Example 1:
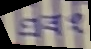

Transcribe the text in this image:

এবং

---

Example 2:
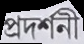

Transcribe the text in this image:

প্রদর্শনী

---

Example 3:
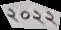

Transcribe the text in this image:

২০২২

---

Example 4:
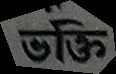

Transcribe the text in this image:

ভক্তি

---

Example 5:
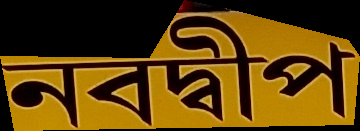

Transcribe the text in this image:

নবদ্বীপ